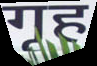
गृह